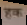
हक